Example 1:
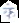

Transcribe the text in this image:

के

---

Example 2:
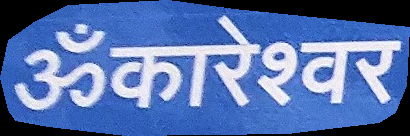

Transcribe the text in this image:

ॐकारेश्वर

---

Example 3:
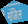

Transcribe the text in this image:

मंजिल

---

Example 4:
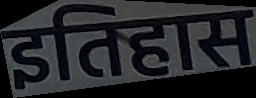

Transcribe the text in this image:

इतिहास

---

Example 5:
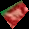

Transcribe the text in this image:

रेल